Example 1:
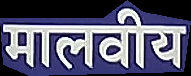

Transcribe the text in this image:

मालवीय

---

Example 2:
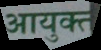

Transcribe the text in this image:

आयुक्त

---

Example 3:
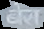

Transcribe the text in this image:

बेरा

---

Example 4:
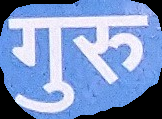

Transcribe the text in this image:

गुरु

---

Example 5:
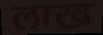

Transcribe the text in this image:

लाख